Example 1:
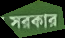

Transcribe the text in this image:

সরকার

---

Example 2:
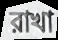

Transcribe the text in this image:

রাখা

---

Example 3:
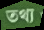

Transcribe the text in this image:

তথ্য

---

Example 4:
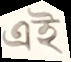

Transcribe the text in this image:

এই্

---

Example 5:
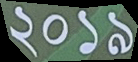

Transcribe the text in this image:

২০১৯